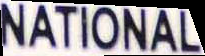
NATIONAL